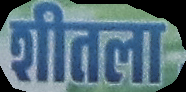
शीतला